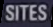
SITES